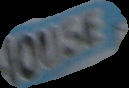
HOUSE